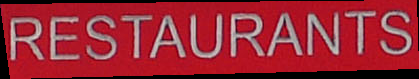
RESTAURANTS